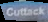
Cuttack